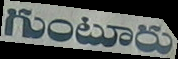
గుంటూరు